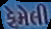
ફેમેલી